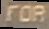
FOR